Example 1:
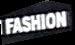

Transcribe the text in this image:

FASHION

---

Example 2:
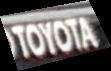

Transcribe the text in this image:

TOYOTA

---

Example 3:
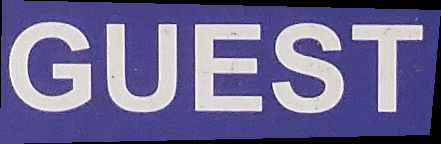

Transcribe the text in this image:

GUEST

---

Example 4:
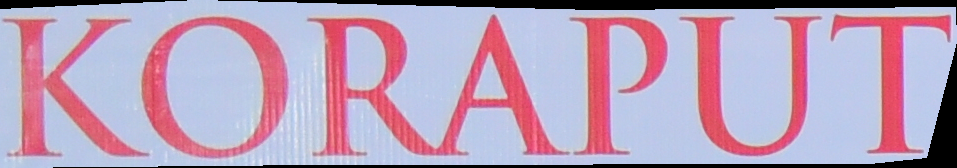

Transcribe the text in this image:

KORAPUT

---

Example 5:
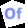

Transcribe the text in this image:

Of